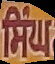
ਸਿੰਘ